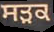
ਸੜਕ